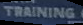
TRAINING